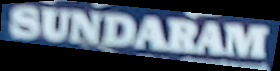
SUNDARAM